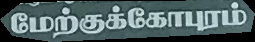
மேற்குக்கோபுரம்